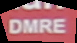
DMRE